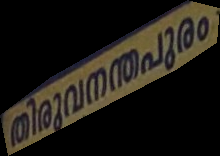
തിരുവനന്തപുരം